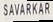
SAVARKAR